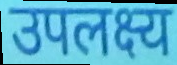
उपलक्ष्य